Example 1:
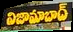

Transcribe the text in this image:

నిజామాబాద్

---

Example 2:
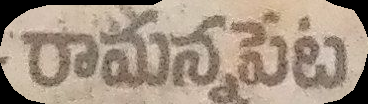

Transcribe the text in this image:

రామన్నపేట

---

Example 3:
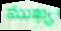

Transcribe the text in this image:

ముఖ్య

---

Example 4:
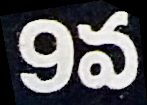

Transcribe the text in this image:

9వ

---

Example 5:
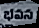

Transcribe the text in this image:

భవన